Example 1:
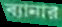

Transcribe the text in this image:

ব্যানার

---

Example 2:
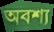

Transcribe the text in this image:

অবশ্য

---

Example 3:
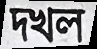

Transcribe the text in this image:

দখল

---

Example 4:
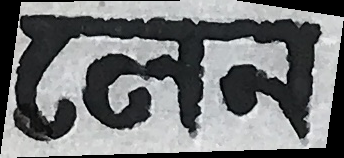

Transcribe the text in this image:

লেন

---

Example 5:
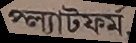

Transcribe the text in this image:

প্ল্যাটফর্ম